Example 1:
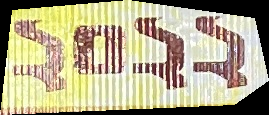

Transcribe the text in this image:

২0২২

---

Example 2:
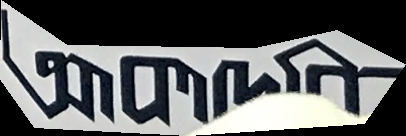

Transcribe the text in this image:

আকাদেরি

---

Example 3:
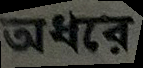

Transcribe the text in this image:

অধরে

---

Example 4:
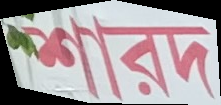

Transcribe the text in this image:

শারদ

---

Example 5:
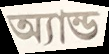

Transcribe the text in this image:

অ্যান্ড